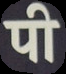
पी